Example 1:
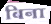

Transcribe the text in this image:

बिना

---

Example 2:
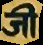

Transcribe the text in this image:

जी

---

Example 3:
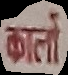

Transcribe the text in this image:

कार्लो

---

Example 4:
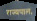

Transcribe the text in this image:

राज्यपाल,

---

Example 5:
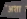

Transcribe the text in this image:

अशा